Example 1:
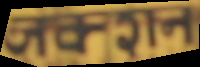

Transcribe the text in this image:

जंक्शन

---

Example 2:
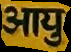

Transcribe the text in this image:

आयु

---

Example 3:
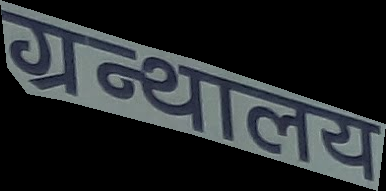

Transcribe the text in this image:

ग्रन्थालय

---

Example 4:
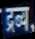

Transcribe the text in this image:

द्रब्य,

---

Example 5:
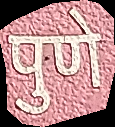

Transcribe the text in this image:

पुणे